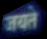
जयते